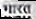
भारत